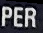
PER